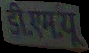
डी॰एम॰यू